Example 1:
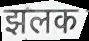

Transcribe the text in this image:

झलक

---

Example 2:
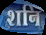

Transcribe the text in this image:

शनि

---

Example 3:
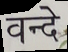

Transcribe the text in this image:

वन्दे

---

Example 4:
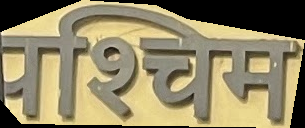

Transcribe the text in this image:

पश्चिम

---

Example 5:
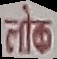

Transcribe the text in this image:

लोक